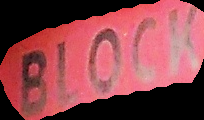
BLOCK